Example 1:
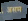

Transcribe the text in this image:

असम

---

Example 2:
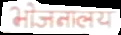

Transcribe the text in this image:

भोजनालय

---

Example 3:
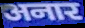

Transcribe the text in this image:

अनार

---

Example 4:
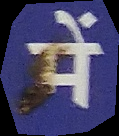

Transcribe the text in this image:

में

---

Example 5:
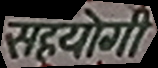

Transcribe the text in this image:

सहयोगी